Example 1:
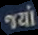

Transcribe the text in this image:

જયાં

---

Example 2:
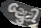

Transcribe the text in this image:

બ્યુટી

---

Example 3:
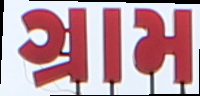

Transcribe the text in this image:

ગ્રામ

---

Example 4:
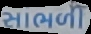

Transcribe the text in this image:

સાભળી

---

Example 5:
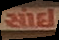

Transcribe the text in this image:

સાંઈ